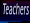
Teachers